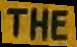
THE